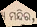
ମନ୍ଦିର,